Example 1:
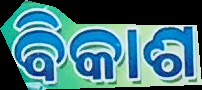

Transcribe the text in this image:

ବିକାଶ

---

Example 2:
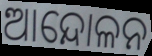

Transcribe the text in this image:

ଆନ୍ଦୋଳନ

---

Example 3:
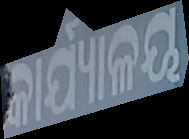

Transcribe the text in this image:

କାର୍ଯ୍ୟାଳୟ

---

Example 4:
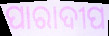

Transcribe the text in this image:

ପାରାଦୀପ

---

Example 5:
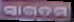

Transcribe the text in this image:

ସାଗତମ